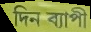
দিন ব্যাপী